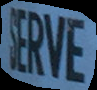
SERVE